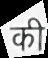
की